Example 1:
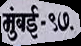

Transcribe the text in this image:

मुंबई-९७.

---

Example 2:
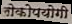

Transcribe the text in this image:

लोकोपयोगी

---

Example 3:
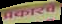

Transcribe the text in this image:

प्रकारचे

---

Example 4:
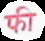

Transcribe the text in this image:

फी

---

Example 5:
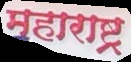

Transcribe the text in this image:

महाराष्ट्र